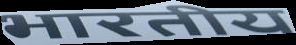
भारतीय